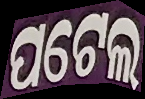
ପଟେଲ